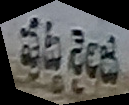
పుట్ట శైలజ